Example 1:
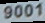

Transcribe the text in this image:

9001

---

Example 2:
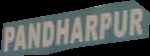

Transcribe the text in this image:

PANDHARPUR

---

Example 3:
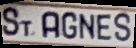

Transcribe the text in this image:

Sr. AGNES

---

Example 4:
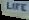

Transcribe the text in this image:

LIFE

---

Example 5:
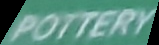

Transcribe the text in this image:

POTTERY